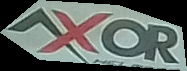
AXOR